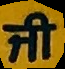
ਜੀ